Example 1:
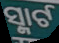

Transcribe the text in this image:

ସ୍ମାର୍ଟ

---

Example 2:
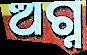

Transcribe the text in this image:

ଅଗ୍ର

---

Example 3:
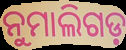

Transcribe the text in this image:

ନୁମାଲିଗଡ଼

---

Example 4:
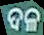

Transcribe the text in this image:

ଦଳ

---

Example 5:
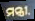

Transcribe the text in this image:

ମନ୍ତ୍ରୀ,